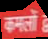
कमलों